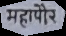
महापौर